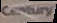
Ctury